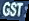
GST